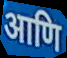
आणि